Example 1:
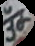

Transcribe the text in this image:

ਤੱਕ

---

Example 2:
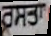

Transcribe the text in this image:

ਰਸਤਾ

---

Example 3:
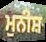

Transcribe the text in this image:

ਮੁਨੀਸ਼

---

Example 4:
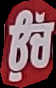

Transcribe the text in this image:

ਉੱਚ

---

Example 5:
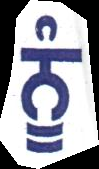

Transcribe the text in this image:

ਨੂੰ